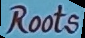
Roots